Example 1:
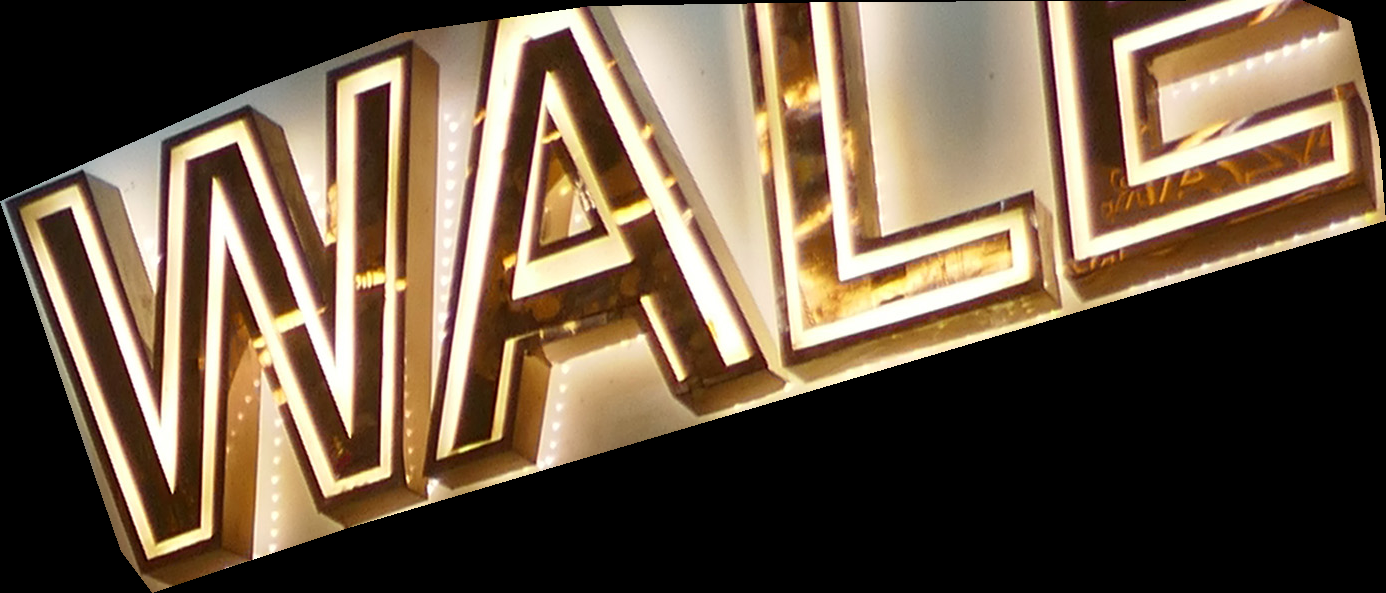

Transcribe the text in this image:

WALE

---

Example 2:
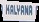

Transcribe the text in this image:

HALYANA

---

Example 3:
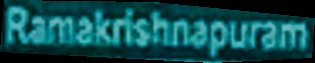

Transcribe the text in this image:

Ramakrishnapuram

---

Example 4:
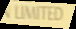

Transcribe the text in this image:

LIMITED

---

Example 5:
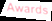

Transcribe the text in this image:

Awards